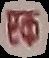
एक